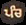
ਪੰਚ